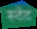
स्‍टेट